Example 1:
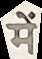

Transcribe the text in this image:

में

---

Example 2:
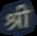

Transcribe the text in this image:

श्री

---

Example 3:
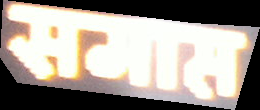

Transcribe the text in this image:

समाप्त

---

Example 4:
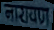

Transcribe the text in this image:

नारायण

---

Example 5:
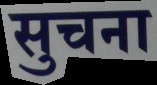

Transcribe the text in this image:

सुचना